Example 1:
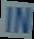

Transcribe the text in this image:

IN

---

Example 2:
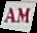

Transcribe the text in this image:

AM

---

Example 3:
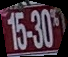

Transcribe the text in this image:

15-30%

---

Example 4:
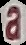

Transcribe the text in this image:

a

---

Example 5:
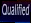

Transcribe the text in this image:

Qualified